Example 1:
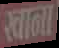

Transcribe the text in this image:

खाना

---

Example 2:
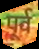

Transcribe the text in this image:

पूर्व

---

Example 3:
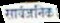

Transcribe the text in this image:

सार्वजनिक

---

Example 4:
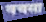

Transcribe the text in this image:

बचसा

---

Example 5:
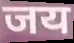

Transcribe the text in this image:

जय